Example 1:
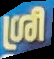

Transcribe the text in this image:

ശ്രീ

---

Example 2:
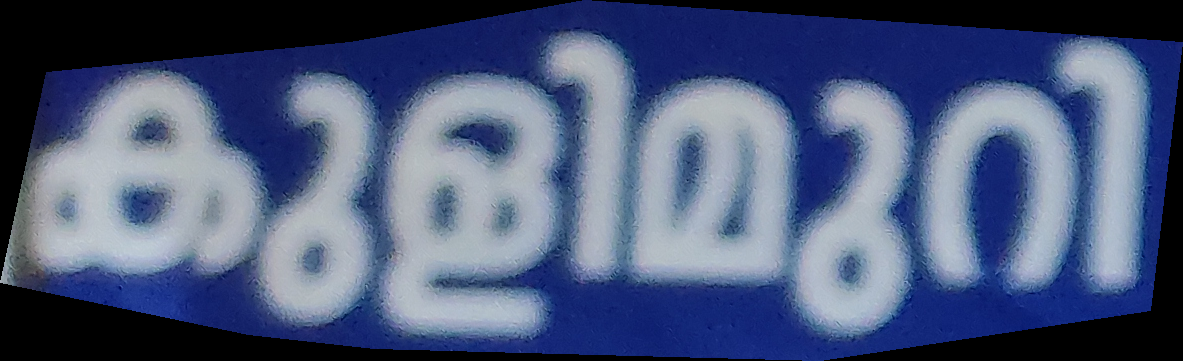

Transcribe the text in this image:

കുളിമുറി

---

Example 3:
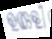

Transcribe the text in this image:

ഉരുളി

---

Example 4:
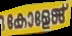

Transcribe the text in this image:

കോളേജ്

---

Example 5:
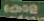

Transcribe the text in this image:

കോള